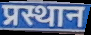
प्रस्‍थान